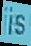
is